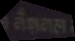
नैशनल